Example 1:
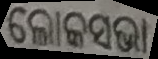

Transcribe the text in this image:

ଲୋକସଭା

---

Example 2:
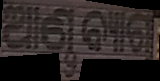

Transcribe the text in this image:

ଆଣୂ ବ୍ଯାଗ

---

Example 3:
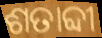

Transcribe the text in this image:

ଶତାବ୍ଦୀ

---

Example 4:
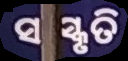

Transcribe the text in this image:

ସଂସ୍କୃତି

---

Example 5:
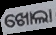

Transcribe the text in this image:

ଖୋଲା